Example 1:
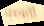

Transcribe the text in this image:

परवती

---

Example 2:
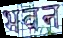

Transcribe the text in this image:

भवन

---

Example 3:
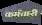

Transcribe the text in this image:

कर्मचारी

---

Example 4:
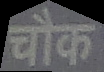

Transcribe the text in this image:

चौक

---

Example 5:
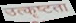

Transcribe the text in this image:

उत्कृष्टता